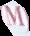
(M)